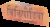
विकिपीडिया